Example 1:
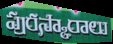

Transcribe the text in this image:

పురస్కారాలు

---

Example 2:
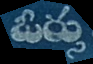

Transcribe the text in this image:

ఓర్సు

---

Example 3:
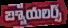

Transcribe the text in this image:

జ్యూయలర్స్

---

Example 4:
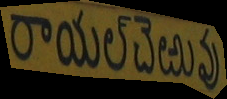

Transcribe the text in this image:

రాయల్ చెఱువు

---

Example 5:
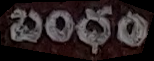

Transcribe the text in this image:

బంధం